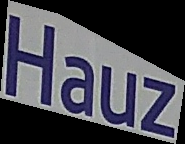
Hauz